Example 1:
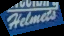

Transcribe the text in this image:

Helmets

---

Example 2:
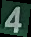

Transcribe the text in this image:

4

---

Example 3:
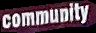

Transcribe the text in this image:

community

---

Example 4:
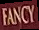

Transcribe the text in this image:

FANCY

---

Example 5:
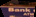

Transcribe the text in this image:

Bank